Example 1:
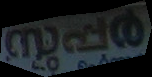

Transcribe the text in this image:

സപ്പർ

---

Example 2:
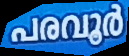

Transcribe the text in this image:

പരവൂർ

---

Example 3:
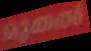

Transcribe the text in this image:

മുതൽ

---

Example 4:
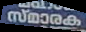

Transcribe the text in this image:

സ്‌മാരക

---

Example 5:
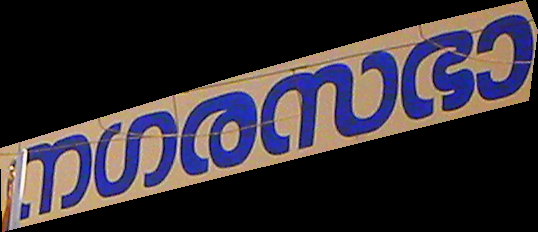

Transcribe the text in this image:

നഗരസഭാ